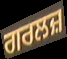
ਗਰਲਜ਼